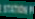
STATION